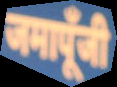
जमापूँजी